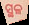
ସୁଳ